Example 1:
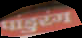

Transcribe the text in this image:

पांडुरंग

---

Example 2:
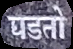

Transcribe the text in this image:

घडतो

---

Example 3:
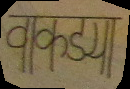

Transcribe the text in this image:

वाकड्या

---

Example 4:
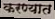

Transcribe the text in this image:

करण्यात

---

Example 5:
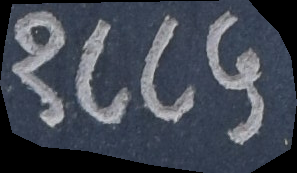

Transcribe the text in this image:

१८८५